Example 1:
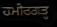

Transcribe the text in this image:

ਹਮੀਰਗੜ੍ਹ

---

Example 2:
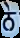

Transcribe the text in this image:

ਨੇ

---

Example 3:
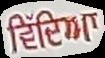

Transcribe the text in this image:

ਵਿੱਦਿਆ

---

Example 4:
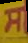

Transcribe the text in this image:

ਸ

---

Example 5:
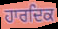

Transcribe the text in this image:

ਹਾਰਦਿਕ